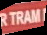
TRAM